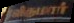
ரவிதமரர்